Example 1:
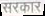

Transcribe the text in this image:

सरकार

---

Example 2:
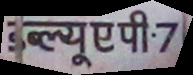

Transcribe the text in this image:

डब्ल्यूएपी.7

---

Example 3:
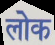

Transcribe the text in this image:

लोक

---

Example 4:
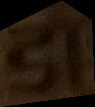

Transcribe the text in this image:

डी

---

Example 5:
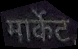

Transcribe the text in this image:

मार्केट